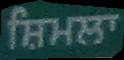
ਸ਼ਿਮਲਾ